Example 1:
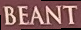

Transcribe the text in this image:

BEANT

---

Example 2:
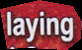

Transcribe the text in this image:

laying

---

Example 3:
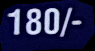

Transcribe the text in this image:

180/-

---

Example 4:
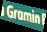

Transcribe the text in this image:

Gramin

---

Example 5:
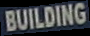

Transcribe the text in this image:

BUILDING